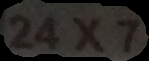
24X7